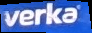
verka